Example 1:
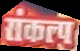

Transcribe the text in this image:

संकल्प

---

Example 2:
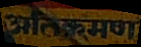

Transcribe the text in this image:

अतिक्रमण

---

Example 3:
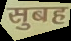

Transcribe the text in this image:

सुबह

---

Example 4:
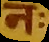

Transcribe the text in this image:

नः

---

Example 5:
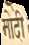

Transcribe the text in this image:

मोदी